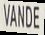
VANDE